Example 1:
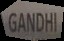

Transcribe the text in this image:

GANDHI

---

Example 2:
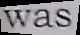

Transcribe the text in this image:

was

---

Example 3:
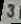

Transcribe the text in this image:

3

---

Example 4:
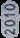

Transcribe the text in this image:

2010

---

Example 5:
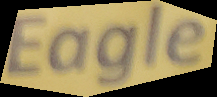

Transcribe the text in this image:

Eagle